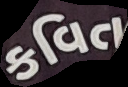
કવિત